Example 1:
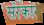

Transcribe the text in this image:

सरकार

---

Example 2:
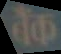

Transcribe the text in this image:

बैंक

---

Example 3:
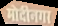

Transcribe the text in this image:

मोदीनगर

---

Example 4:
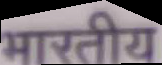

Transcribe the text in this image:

भारतीय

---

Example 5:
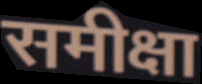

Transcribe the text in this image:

समीक्षा